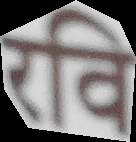
रवि